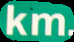
km.